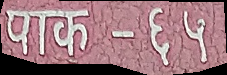
पाक-६५